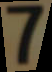
7